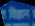
विज्ञाना